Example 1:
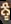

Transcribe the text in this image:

ਨੂੰ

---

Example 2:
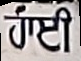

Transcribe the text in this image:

ਹਾਂਈ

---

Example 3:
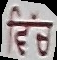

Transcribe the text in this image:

ਵਿੱਚ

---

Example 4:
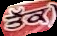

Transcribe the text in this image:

ਤੱਕ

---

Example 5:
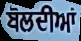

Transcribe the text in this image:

ਬੋਲਦੀਆਂ